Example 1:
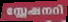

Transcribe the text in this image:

സ്റ്റേഷനറി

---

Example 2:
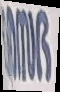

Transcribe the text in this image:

ഗസഭ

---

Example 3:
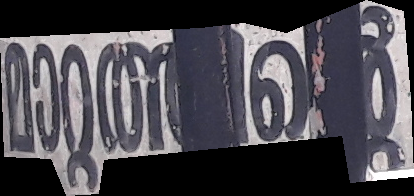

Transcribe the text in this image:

മാറ്റത്തിൻെ്റ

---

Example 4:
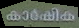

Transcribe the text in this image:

കാർഷിക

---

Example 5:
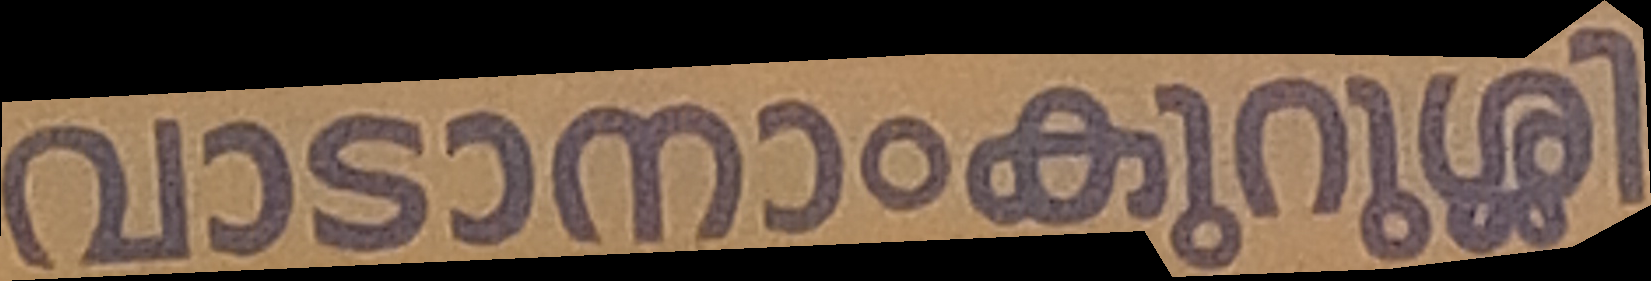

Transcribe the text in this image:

വാടാനാംകുറുശ്ശി